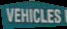
VEHICLES